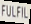
FULFIL